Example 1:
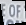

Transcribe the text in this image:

OF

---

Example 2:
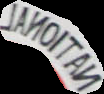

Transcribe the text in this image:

NATIONAL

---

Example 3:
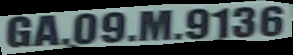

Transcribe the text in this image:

GA.09.M.9136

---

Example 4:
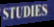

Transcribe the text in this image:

STUDIES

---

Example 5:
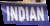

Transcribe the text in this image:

INDIAN